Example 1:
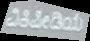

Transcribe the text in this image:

ವಿಕಿಪೀಡಿಯ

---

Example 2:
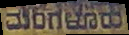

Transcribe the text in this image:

ಮಂಗಳೂರು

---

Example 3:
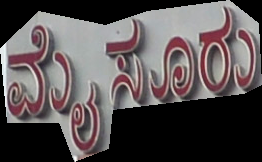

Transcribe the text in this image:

ಮೈಸೂರು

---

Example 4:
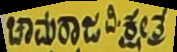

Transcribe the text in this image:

ಚಾಮರಾಜ ಕ್ಷೇತ್ರ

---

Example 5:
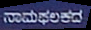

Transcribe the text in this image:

ನಾಮಫಲಕದ